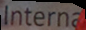
Interna